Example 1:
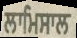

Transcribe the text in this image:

ਲਾਮਿਸਾਲ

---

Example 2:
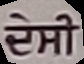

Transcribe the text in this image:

ਦੇਸੀ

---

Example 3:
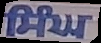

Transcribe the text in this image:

ਸਿੰਘ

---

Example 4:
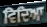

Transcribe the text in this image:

ਵਿਦਿਆ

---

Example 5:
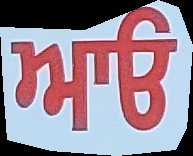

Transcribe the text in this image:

ਆੳੇ